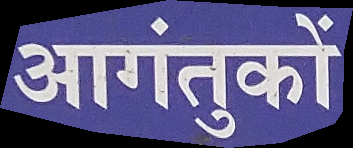
आगंतुकों